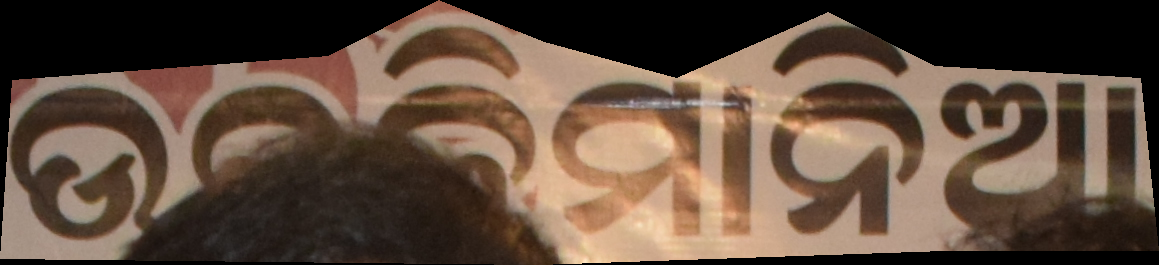
ଉଇକିମାନିଆ